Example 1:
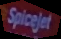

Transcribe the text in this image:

Spicejet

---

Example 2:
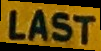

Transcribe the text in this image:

LAST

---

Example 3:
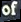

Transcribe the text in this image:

of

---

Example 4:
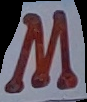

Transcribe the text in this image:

M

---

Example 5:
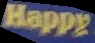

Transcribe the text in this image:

Happy